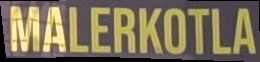
MALERKOTLA